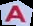
A